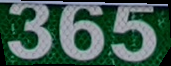
365